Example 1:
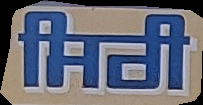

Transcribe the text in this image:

ਸਿਰੀ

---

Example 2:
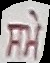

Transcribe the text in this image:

ਸਮੇ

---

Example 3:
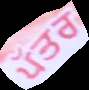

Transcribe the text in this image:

ਪੱਤਰ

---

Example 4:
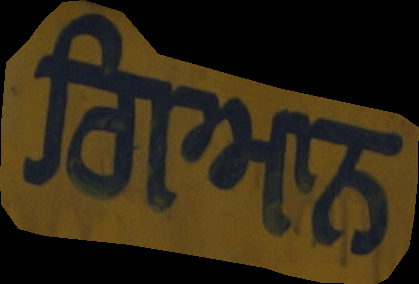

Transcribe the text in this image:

ਗਿਆਨ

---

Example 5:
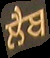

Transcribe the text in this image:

ਲੈਬ